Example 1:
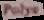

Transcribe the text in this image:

Polye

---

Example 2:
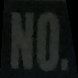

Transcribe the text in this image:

NO.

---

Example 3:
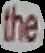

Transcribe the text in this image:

the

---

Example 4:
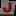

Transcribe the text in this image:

J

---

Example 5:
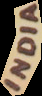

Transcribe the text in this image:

INDIA